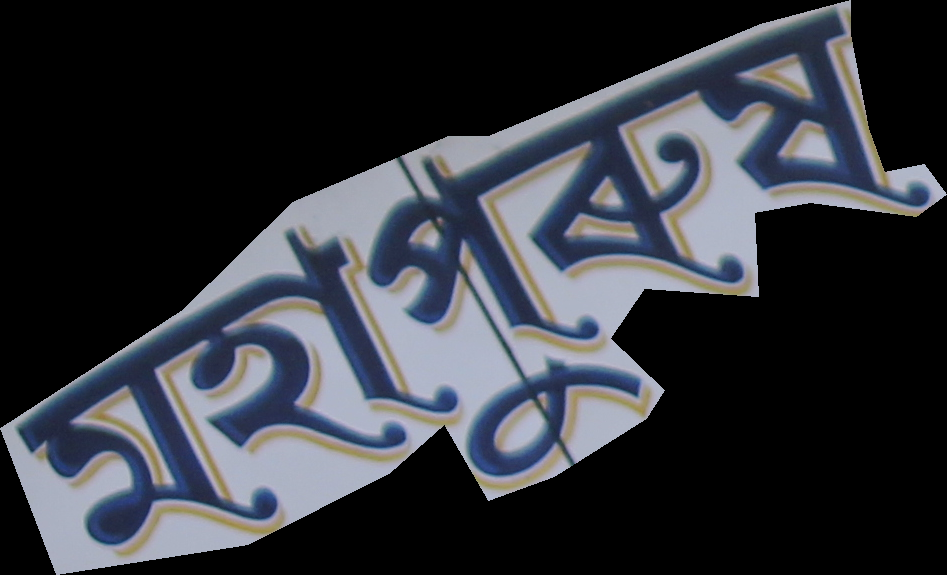
মহাপুৰুষ